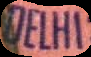
DELHI